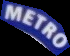
METRO